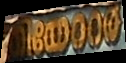
മിയോറർ